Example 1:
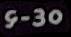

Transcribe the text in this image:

૬-૩૦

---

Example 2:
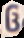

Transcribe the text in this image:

ઉ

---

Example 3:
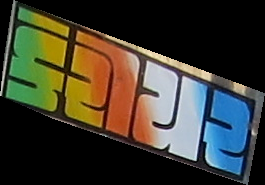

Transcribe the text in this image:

કેરીયર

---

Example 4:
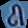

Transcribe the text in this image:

ટી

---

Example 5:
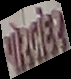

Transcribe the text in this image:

પોરબંદર